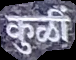
कुळीं